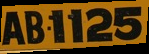
AB1125